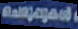
ചെരുപ്പുകൾ